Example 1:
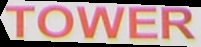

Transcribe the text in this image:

TOWER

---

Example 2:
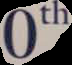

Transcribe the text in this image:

0th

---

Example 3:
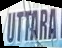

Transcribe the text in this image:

UTTARA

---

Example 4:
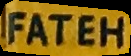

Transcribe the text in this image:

FATEH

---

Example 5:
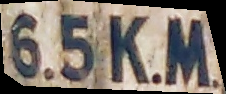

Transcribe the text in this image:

6.5K.M.